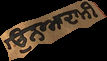
ਉਨੁਆਦਮੀ